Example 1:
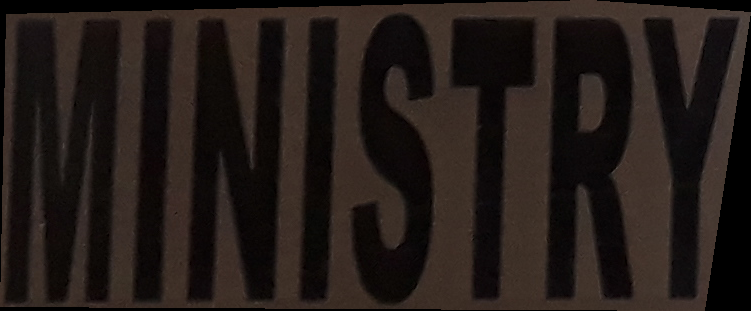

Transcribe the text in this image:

MINISTRY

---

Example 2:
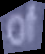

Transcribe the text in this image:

of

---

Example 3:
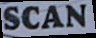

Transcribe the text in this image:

SCAN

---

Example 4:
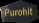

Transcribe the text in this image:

Purohit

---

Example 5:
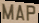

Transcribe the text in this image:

MAP